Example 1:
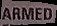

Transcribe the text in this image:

ARMED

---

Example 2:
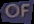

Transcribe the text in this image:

OF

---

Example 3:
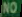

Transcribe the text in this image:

NO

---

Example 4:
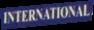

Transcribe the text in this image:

INTERNATIONAL.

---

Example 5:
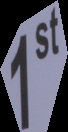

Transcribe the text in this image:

1st